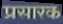
प्रसारक